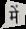
में